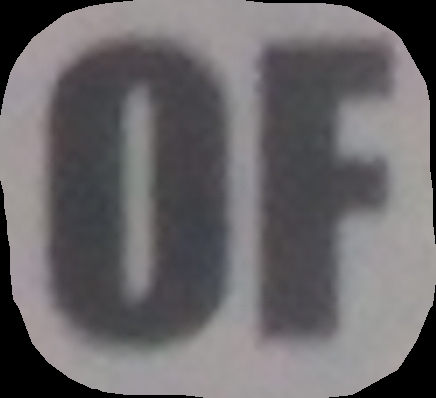
OF